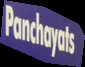
Panchayats